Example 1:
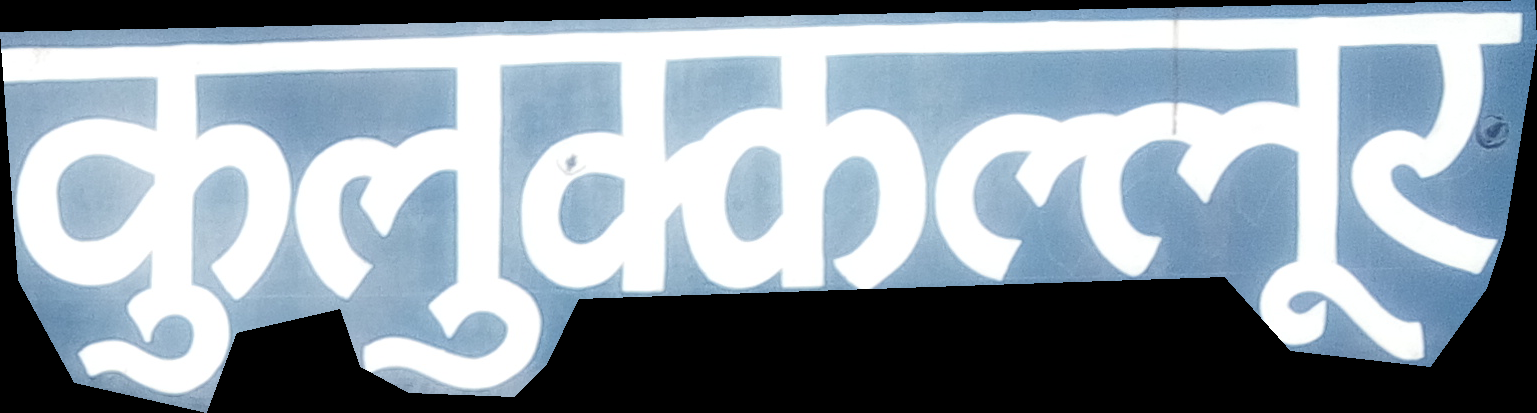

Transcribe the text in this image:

कुलुक्कल्लूर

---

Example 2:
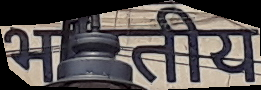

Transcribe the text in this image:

भतीय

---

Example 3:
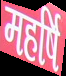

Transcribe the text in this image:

महर्षि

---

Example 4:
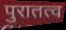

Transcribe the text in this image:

पुरातत्व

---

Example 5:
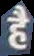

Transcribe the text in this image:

है